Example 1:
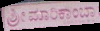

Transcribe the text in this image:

ಶ್ರೀಮಾಂಕಾಂಬಾ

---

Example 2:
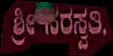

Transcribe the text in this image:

ಶ್ರೀ ಸರಸ್ವತಿ,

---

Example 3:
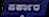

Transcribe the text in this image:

ಸರ್ಕಾರ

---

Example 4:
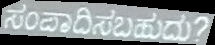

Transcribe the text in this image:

ಸಂಪಾದಿಸಬಹುದು?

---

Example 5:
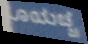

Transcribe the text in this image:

ಕೊಯಚ್ಚ